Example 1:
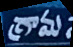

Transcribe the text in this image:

గ్రామ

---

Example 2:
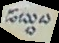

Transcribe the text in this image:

డబ్బుబ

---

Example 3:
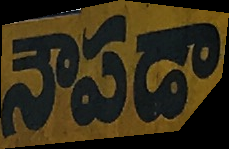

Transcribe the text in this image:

నౌపడా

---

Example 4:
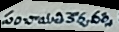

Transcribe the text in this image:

పంచాయతీ కార్యదర్శి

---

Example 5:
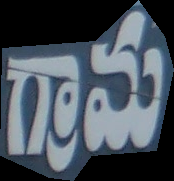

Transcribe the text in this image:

గ్రామ